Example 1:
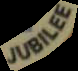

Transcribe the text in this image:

JUBILEE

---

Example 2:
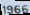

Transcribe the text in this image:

1966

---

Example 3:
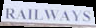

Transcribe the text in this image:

RAILWAYS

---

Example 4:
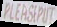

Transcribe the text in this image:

PLEASEPUT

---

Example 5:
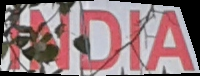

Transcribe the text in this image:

DIA